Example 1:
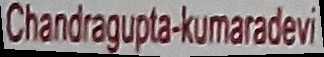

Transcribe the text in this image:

Chandragupta-kumaradevi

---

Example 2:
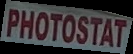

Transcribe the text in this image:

PHOTOSTAT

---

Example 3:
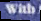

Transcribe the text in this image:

With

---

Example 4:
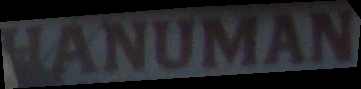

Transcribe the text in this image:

HANUMAN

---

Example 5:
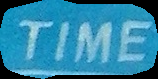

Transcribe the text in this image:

TIME